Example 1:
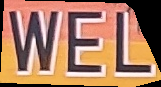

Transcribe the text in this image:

WEL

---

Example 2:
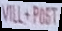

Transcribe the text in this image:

VILL+POST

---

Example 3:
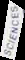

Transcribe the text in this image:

SCIENCES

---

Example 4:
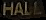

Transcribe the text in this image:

HALL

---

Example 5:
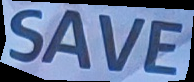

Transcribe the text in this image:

SAVE